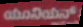
ಯೂನಿಯನ್